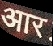
आर.